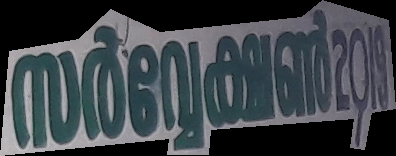
സർവ്വേക്ഷൺ2019